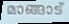
മാങ്ങാട്